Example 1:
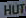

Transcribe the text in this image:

HUT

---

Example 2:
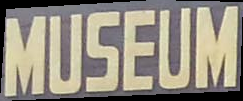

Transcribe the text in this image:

MUSEUM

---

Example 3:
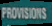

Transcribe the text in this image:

PROVISIONS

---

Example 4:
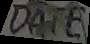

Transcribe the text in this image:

DATE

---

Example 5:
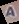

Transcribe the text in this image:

A